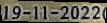
19-11-2022